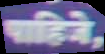
पाहिजे,